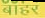
बाहर